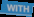
WITH